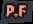
P.F